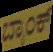
ಬಾಂಕ್